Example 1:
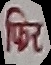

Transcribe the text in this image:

फिर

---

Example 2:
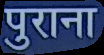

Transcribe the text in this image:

पुराना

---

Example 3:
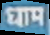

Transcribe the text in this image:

धाम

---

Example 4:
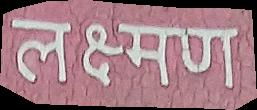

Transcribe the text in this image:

लक्ष्मण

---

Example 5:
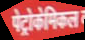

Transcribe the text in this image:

पेट्रोकेमिकल